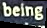
being